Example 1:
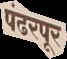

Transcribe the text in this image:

पंढरपूर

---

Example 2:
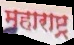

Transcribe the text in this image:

महाराष्ट्र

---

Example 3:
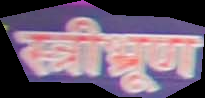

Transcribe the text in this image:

स्त्रीभूण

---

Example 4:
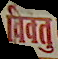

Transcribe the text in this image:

विवतु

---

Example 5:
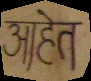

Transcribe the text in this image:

आहेत